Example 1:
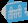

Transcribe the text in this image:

तीसरी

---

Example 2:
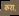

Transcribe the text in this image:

करा.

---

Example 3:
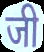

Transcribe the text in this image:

जी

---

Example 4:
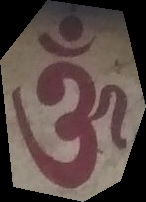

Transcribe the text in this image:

ॐ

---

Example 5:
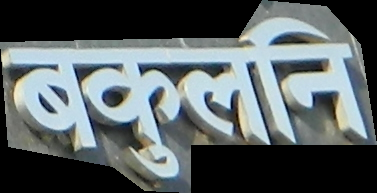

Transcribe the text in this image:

बकुलनि